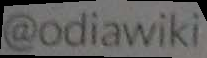
@odiawiki